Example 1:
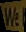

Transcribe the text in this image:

We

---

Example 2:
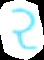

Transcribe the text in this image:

2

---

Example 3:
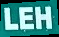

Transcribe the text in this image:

LEH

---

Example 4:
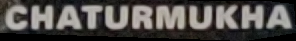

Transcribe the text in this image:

CHATURMUKHA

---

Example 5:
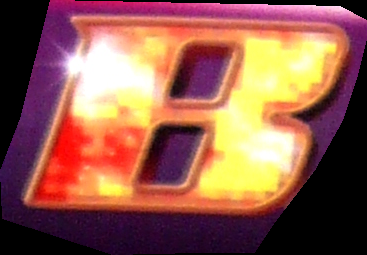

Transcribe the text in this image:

B